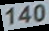
140